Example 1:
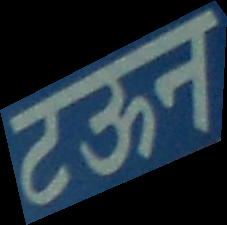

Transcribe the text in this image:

टऊन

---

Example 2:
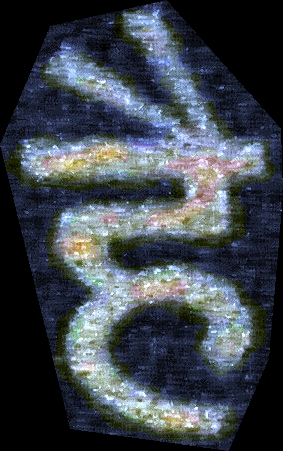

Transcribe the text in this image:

है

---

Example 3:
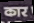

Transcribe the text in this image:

कार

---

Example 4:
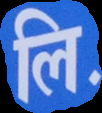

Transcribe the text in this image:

लि.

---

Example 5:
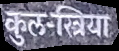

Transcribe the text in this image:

कुल-स्त्रिया